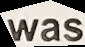
was